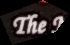
The